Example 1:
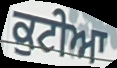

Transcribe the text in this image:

ਕੁਟੀਆ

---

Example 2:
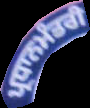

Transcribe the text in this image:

ਪ੍ਰਧਾਨਮੰਤਰੀ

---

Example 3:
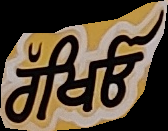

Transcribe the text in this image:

ਰੱਖਿਓ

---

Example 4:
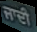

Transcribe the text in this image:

ਜਾਦੀ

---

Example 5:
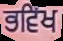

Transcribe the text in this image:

ਭਵਿਂਖ